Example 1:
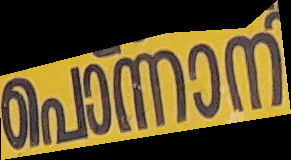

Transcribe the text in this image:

പൊന്നാനി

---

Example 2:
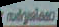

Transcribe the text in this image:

സർവ്വശിക്ഷാ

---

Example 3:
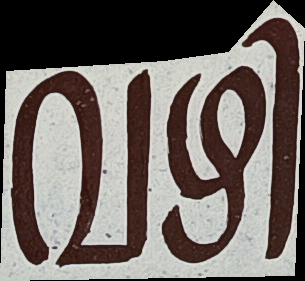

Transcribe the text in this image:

വഴി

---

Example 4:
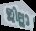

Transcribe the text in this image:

ജില്ലാ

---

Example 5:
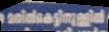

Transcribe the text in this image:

മതിൽകെട്ടിനുള്ളിൽ